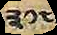
੩੭੯